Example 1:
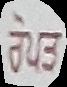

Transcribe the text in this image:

ਰੋਪਤ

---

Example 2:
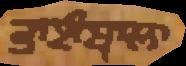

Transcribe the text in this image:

ਭਾਈਬਾਲ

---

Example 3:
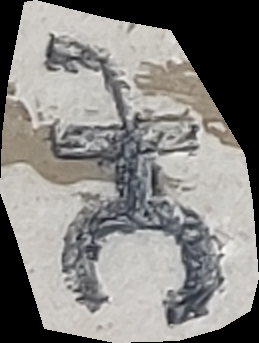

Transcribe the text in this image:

ਨੇ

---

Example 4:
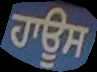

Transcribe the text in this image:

ਹਾਊਸ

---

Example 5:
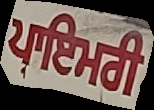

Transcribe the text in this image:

ਪਾਇਮਰੀ